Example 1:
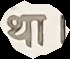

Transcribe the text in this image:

था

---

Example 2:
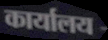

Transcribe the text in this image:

कार्यालय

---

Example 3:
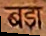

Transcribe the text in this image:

बड़ा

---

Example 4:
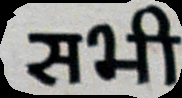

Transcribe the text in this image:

सभी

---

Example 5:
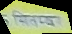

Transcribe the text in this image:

सितम्बर